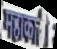
महाका